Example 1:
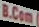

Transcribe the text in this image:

B.Com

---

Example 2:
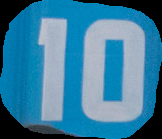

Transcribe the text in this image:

10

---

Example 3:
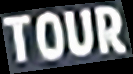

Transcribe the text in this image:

TOUR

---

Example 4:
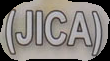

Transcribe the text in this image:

(JICA)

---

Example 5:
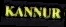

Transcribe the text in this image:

KANNUR